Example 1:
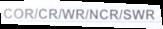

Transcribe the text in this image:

COR/CR/WR/NCR/SWR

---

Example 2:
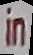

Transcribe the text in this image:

in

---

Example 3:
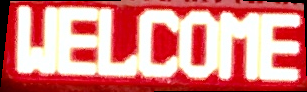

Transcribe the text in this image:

WELCOME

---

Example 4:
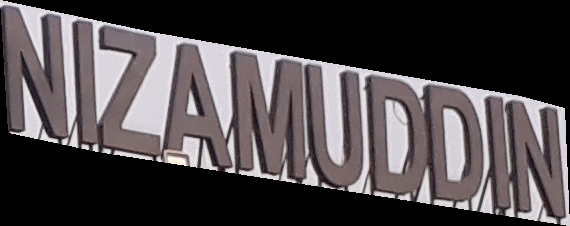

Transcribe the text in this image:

NIZAMUDDIN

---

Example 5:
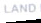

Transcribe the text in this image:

LAND